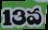
13వ